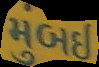
મુંબઈ